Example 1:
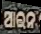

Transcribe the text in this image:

ଆଇନ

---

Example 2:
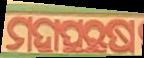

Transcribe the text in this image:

ମହାପୁରଷ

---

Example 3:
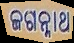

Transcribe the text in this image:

ଜଗନ୍ନାଥ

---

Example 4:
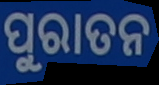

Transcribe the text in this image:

ପୁରାତନ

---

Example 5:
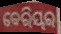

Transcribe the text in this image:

ବେରିୟର